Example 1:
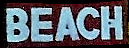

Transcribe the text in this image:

BEACH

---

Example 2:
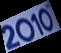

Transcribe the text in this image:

2010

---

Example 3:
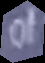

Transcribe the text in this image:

of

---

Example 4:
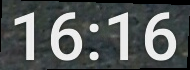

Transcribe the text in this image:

16:16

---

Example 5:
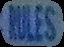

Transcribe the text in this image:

RULES